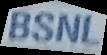
BSNL